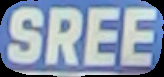
SREE